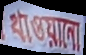
খাওয়ানো